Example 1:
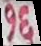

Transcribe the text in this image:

१६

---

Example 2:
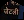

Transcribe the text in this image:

जेटली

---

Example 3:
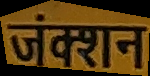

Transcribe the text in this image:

जंक्शन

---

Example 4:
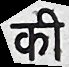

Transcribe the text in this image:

की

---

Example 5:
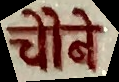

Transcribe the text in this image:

चोेबे